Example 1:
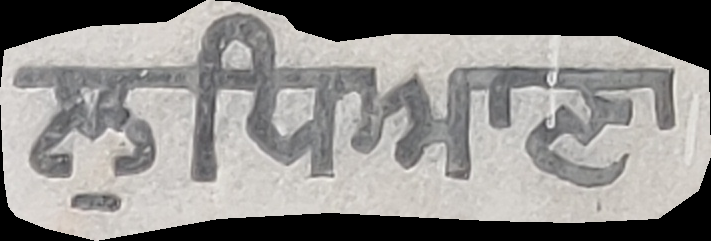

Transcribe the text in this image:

ਲੁਧਿਆਣਾ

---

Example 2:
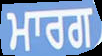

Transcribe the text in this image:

ਮਾਰਗ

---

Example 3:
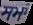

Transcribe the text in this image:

ਸਮਾਂ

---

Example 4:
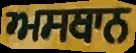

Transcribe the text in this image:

ਅਸਥਾਨ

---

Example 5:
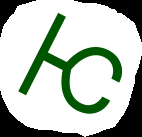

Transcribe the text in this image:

ਨ